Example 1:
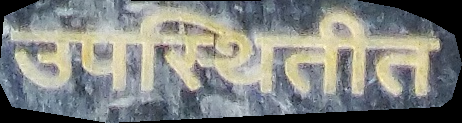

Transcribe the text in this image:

उपस्थितीत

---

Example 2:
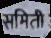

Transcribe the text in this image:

समिती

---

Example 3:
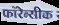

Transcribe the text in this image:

फॉरेन्सीक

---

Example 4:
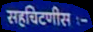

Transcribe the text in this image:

सहचिटणीस:-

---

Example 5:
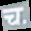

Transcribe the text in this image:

च.